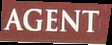
AGENT